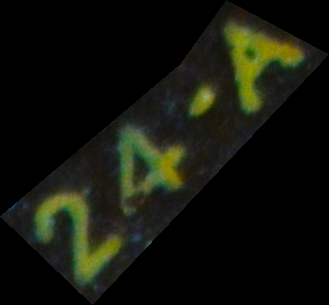
24-A